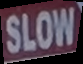
SLOW